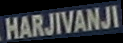
HARJIVANJI